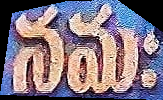
నవః